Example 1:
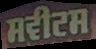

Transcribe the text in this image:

ਸਵੀਟਸ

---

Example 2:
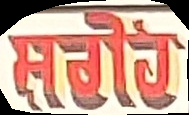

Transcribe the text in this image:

ਸਰੀਂਹ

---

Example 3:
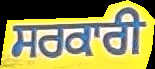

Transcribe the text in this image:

ਸਰਕਾਰੀ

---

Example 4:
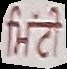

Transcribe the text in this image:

ਸਿਂਟੀ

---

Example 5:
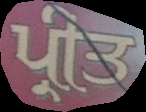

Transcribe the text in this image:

ਪ੍ਰੀਤ